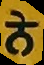
ਨੇ